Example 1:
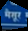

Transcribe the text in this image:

मैसूर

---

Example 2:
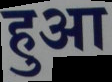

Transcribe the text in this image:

हुआ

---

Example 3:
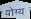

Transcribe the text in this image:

योग्य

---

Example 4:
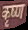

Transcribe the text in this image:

कृष्‍ण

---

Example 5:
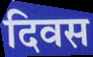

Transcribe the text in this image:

दिवस